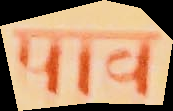
पाव